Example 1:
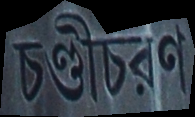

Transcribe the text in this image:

চণ্ডীচরণ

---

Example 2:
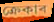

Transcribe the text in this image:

ক্রেকাৰ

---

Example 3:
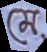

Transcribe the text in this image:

মে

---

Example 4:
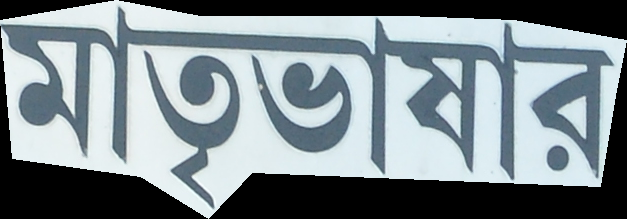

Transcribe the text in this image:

মাতৃভাষার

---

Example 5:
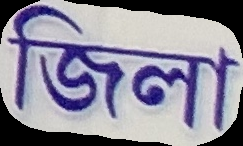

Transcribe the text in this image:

জিলা